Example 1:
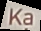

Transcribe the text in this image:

Ka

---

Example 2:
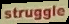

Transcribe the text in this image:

struggle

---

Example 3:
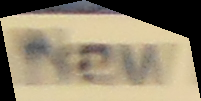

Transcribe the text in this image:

New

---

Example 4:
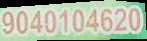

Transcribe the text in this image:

9040104620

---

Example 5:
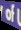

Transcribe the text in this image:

of